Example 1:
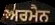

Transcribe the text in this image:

ਅਰਮੈਨ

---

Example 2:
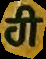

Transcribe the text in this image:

ਹੀ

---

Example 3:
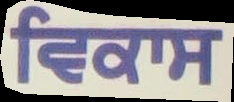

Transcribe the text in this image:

ਵਿਕਾਸ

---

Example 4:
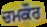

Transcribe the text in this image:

ਚਮਕੌਰ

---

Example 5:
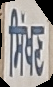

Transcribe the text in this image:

ਸਿਂਖਣ